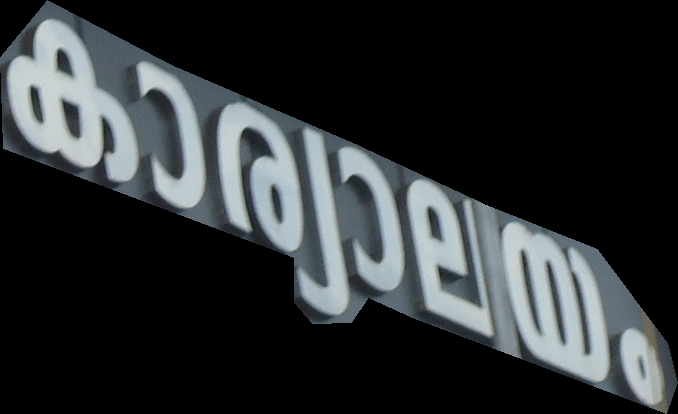
കാര്യാലയം